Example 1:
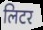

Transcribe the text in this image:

लिटर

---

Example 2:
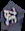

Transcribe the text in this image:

फुले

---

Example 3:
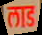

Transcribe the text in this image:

लाड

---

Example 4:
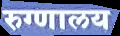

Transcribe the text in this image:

रुग्णालय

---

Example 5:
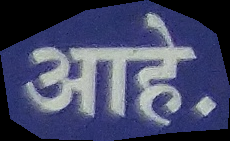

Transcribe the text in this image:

आहे.